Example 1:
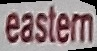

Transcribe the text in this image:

eastern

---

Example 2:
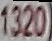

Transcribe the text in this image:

1320)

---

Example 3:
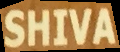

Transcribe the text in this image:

SHIVA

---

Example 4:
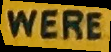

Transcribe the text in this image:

WERE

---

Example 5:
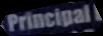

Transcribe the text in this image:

Principal